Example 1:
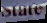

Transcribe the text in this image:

State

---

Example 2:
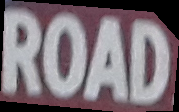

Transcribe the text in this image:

ROAD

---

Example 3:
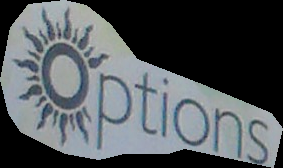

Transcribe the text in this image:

options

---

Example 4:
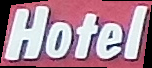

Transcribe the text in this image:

Hotel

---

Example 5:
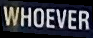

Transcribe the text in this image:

WHOEVER